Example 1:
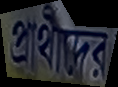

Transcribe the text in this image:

প্রাথীদের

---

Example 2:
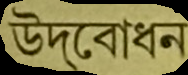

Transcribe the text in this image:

উদ্বোধন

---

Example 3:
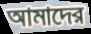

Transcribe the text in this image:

আমাদের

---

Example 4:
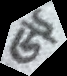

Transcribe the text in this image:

উ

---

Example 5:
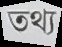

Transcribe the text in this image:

তথ্য